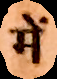
में